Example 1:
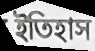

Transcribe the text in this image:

ইতিহাস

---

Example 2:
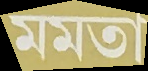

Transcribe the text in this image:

মমতা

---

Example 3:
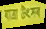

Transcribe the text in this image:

যাত্রা উৎসব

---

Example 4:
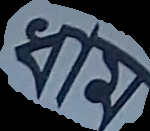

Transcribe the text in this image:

ধাম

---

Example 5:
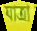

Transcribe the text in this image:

যাত্রা